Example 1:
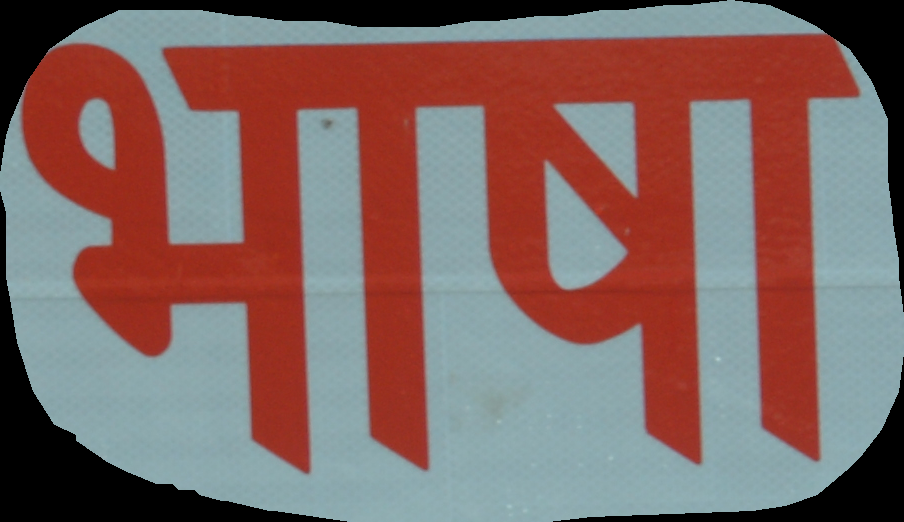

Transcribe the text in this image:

भाषा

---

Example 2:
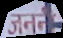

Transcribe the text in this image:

जननी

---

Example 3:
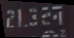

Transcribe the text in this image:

21.3 टन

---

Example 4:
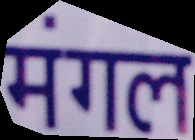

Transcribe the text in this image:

मंगल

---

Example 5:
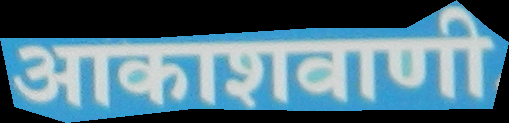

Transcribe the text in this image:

आकाशवाणी